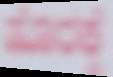
ಹೊರಕ್ಕೆ